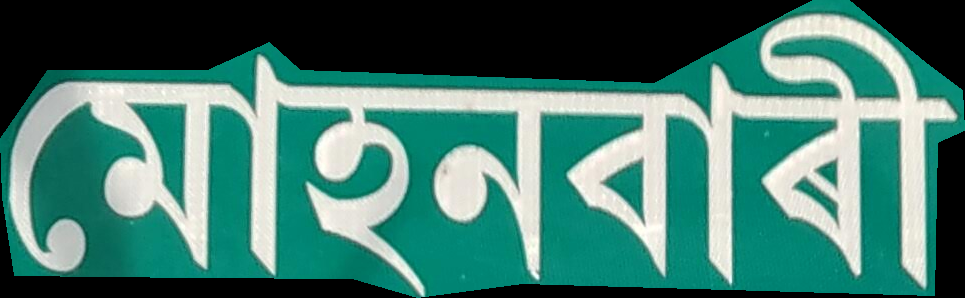
মোহনবাৰী